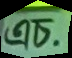
এচ.